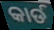
କାର୍ଡ